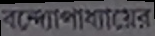
বন্দ্যোপাধ্যায়ের